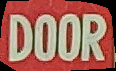
DOOR